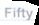
Fifty